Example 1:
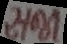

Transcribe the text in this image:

સજા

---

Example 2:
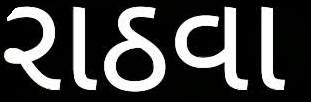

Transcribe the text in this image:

રાઠવા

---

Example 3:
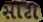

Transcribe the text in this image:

સીટી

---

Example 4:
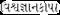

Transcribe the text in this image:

વિશ્વજ્ઞાનકોપા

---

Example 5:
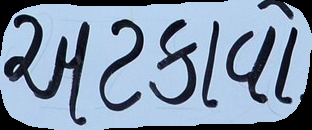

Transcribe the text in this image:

અટકાવો